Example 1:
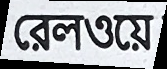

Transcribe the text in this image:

রেলওয়ে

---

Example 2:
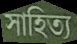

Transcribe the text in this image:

সাহিত্য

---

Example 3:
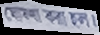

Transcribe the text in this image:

ঘোষণা করা হল।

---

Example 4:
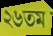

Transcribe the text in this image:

২৬তম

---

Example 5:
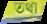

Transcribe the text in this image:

তথ্য